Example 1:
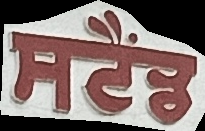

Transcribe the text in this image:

ਸਟੈਂਡ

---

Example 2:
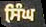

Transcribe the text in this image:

ਸਿੰਘ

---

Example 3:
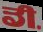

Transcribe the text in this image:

ਡੀ.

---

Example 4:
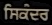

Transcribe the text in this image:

ਸਿਕੰਦਰ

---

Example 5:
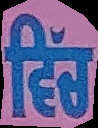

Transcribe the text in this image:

ਵਿੱਚ